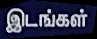
இடங்கள்